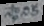
స్థానిక